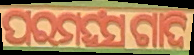
ପରମଦଂସ ଗାଦି